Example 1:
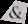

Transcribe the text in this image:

&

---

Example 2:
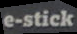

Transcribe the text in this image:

e-stick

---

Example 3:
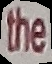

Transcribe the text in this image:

the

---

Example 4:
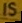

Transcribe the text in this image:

IS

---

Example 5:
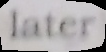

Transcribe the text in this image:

later